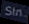
SIN